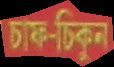
চাফ-চিকুন